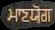
ਮਾਣਯੋਗ